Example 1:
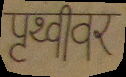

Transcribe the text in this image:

पृथ्वीवर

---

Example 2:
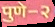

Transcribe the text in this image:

पुणे-२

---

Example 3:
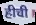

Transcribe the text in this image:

हीची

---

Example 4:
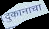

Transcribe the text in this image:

दुकानाचा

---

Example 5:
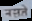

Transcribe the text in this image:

नसते